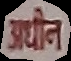
अधीन